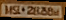
MSL+28.38M